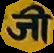
जी